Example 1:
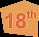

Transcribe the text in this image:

18th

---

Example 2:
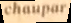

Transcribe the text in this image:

chaupar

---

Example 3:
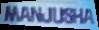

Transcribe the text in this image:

MANJUSHA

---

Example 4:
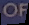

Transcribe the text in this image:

OF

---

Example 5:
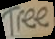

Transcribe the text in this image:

Tree